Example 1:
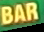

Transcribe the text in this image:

BAR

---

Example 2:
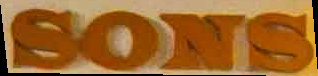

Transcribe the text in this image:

SONS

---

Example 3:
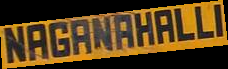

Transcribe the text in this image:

NAGANAHALLI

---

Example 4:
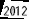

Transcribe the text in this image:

2012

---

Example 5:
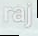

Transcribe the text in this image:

raj